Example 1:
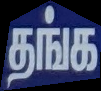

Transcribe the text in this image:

தங்க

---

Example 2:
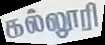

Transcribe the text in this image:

கல்லூரி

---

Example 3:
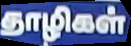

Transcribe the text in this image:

தாழிகள்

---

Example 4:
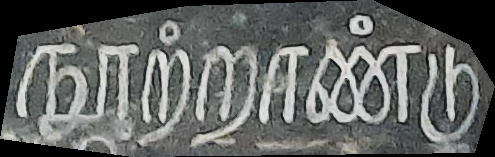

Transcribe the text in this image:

நூற்றாண்டு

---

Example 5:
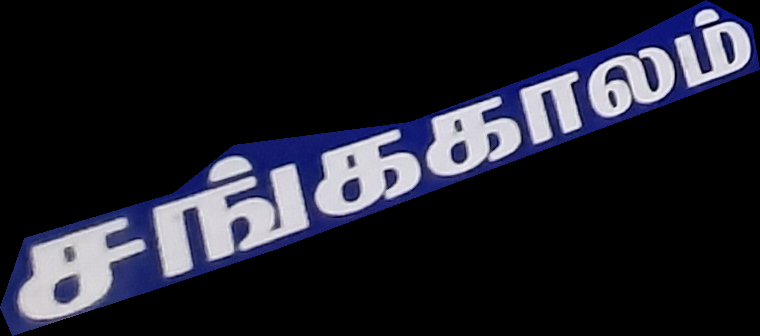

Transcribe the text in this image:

சங்ககாலம்